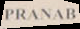
PRANAB